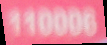
110006